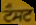
ਟੌਸਟ